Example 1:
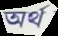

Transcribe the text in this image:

অৰ্থ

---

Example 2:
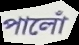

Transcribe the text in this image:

পালোঁ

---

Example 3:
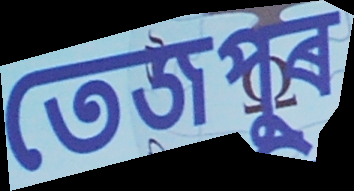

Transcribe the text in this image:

তেজপুৰ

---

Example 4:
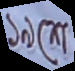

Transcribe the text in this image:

১৯শে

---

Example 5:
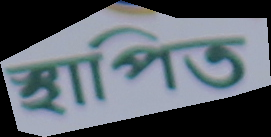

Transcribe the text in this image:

স্থাপিত